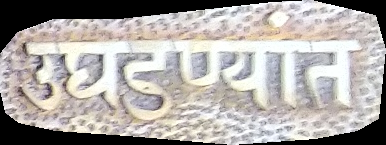
उघडण्यांत